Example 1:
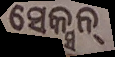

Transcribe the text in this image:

ସେକ୍ସକ୍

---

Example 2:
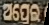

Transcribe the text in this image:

ଅପ୍ରେଲ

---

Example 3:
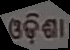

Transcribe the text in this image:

ଓଡ଼ିଶା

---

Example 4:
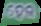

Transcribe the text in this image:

ତ୍କେଲ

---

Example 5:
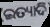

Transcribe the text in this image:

ଇତ୍ୟାଦି